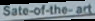
Sate-of-the-art